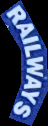
RAILWAYS